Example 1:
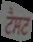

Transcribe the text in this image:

ਟੈਸਟ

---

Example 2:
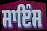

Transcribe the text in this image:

ਸਾਇੰਸ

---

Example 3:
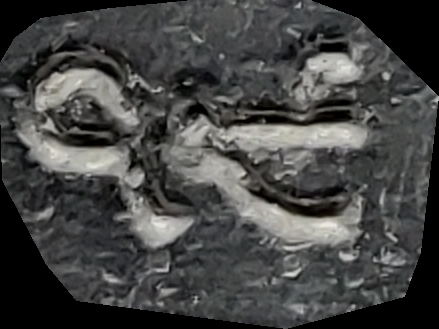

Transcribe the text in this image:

੧੯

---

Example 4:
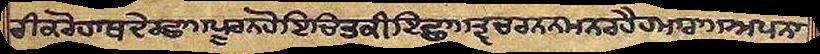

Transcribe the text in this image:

ਰੀਕਰੋਹਾਥਦੇਰਛਾ॥ਪੂਰਨਹੋਇੳਤਕੀਇਛਾ॥ੜ੍ਹਚਰਨਨਮਨਰਹੈਹਮਾਰਾ॥ਅਪਨਾ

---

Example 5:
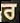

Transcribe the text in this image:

ਰ